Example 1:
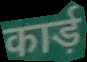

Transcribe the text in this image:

कार्ड़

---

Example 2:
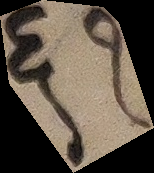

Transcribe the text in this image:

६१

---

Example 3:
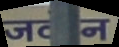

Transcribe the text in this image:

जंक्शन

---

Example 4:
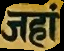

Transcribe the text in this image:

जहां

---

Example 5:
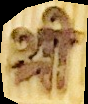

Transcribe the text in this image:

श्री